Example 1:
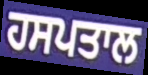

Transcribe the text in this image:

ਹਸਪਤਾਲ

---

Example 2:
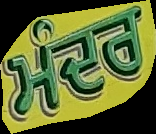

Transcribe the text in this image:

ਮੰਦਰ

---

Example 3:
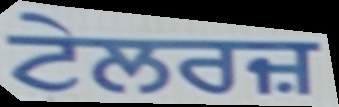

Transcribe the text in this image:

ਟੇਲਰਜ਼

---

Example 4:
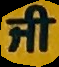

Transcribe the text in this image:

ਜੀ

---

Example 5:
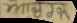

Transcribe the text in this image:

ਆਦਰਜ